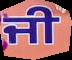
ਜੀ